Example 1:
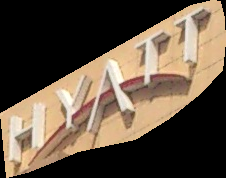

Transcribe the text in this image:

HYATT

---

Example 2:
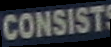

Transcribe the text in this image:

CONSISTS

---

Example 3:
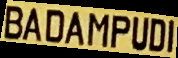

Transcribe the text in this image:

BADAMPUDI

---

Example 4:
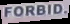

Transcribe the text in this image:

FORBID.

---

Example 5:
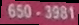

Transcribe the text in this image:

650-3981